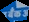
बँक